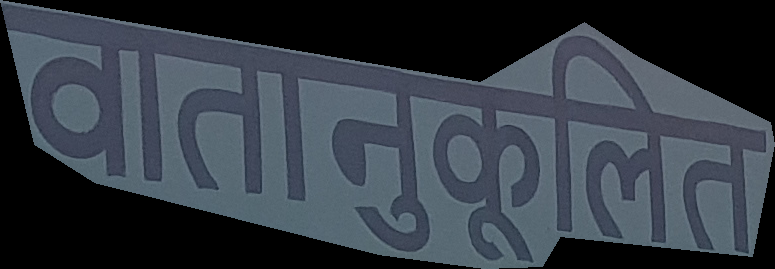
वातानुकूलित